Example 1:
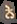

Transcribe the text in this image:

ਨੇ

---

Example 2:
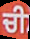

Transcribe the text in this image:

ਚੀ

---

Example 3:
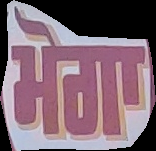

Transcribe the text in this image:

ਮੋਗਾ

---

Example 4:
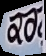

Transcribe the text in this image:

ਕਰ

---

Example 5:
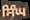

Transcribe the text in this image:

ਸਿੰਘ